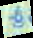
శ్ర